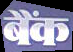
बैंक